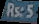
RS:5